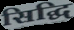
सिद्धि